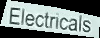
Electricals